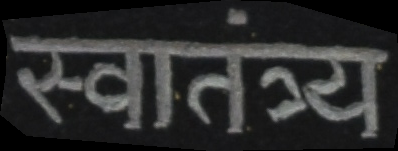
स्वातंत्र्य